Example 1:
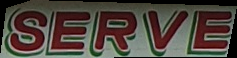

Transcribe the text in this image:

SERVE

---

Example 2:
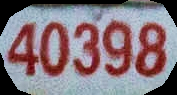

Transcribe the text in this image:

40398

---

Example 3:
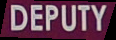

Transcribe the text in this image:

DEPUTY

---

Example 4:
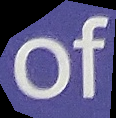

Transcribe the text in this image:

of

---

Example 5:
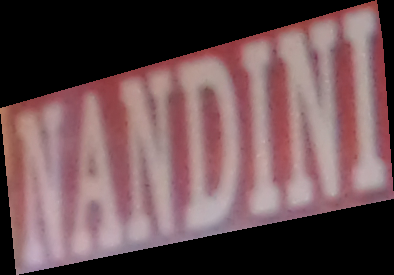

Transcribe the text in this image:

NANDINI